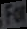
For